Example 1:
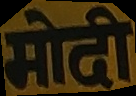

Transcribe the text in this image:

मोदी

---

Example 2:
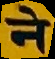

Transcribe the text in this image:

ने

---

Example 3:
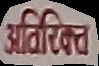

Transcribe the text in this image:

अतिरिक्‍त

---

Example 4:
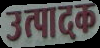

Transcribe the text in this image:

उत्पादक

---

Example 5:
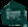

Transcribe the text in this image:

लिए